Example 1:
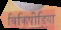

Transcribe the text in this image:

बिकीपीडिया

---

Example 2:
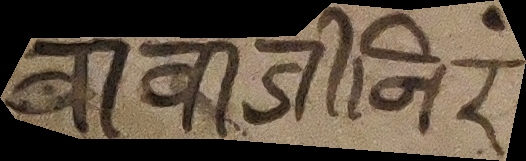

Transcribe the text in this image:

बाबाजीनिर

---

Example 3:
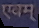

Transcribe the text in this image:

एवम्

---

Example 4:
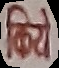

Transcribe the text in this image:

किये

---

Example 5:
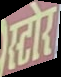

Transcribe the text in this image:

स्टोर